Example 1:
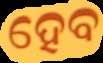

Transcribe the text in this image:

ହେବ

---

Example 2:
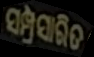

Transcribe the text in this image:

ସମ୍ପ୍ରସାରିତ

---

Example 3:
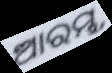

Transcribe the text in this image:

ଆରମ୍ଭ,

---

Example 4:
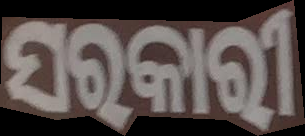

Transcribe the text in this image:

ସରକାରୀ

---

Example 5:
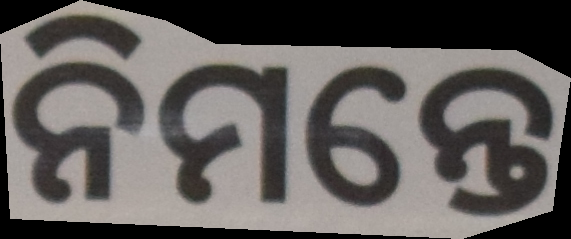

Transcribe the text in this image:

ନିମନ୍ତେ